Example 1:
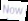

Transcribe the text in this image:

Now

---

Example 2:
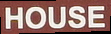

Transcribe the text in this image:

HOUSE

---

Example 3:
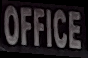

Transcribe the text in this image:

OFFICE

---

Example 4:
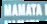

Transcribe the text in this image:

MAMATA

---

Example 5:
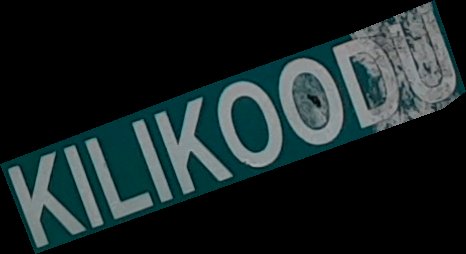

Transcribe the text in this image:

KILIKOODU